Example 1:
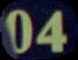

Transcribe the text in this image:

04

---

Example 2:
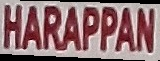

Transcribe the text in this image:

HARAPPAN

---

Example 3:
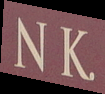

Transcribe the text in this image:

NK.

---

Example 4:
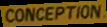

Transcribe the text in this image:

CONCEPTION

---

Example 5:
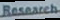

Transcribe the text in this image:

Research